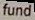
fund